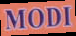
MODI